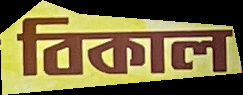
বিকাল